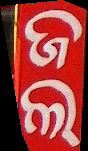
ଜଲ